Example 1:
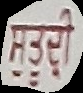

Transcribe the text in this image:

ਸੁਤੂਦੀ੍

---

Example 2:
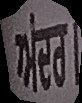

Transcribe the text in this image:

ਅਂਦਰ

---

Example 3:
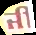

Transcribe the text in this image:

ਜੀ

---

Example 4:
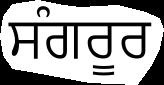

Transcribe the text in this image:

ਸੰਗਰੂਰ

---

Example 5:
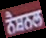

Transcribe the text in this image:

ਨੈਸ਼ਨਲ